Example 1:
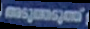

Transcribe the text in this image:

അടുത്തടുത്ത്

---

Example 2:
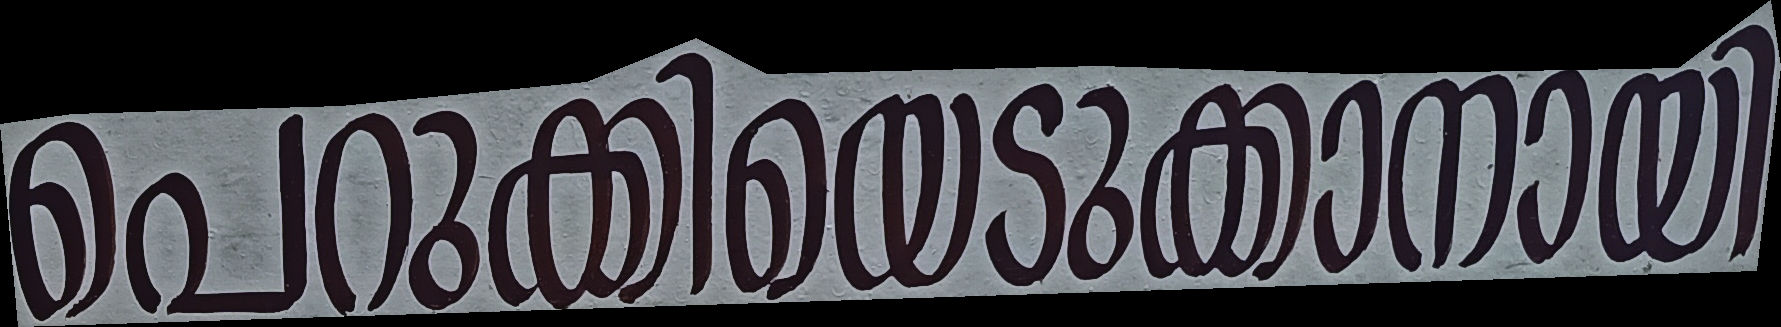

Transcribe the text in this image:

പെരുക്കിയെടുക്കാനായി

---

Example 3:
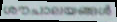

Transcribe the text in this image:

ശൗചാലയങ്ങൾ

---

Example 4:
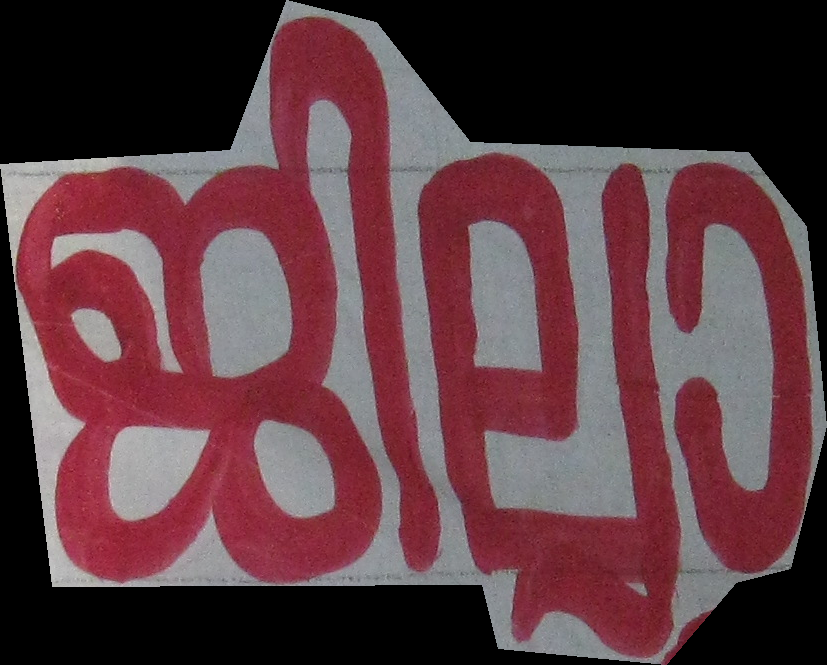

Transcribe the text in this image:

ജില്ലാ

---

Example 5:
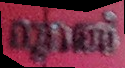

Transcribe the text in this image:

റൂറൽ